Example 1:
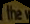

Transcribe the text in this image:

the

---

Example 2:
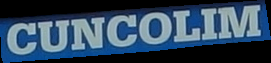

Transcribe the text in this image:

CUNCOLIM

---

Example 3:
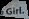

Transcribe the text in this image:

Girl.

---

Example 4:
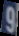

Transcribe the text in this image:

9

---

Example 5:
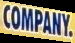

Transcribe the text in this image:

COMPANY.